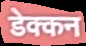
डेक्कन